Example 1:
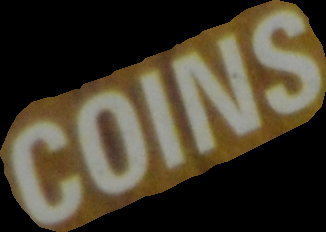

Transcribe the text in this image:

COINS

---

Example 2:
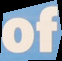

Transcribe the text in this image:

of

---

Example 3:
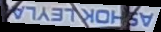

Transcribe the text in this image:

ASHOK LEYLA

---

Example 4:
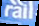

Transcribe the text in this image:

rail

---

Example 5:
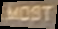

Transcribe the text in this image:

MOST